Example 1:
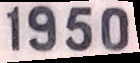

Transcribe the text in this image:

1950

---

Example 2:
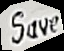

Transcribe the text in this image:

Save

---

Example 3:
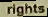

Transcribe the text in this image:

rights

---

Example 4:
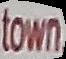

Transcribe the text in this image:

town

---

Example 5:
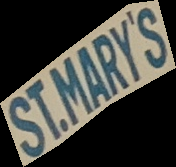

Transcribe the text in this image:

ST.MARY